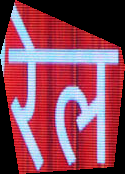
रेल